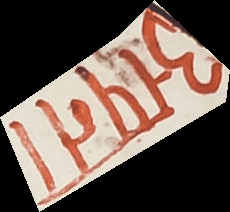
अपना